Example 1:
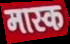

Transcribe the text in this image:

मास्क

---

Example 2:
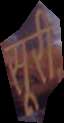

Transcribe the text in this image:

सूरी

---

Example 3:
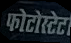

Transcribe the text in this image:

फोटोस्टेट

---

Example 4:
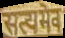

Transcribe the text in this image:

सत्यमेव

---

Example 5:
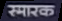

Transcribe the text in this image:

स्मारक